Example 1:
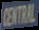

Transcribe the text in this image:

CENTRAL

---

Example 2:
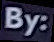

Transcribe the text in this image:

By:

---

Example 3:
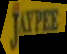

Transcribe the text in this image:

JAYPEE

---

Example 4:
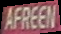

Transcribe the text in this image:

AFREEN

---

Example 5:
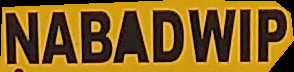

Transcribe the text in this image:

NABADWIP